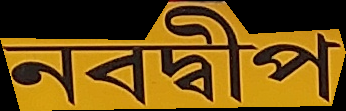
নবদ্বীপ